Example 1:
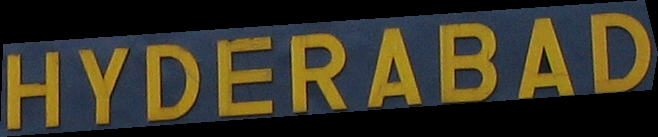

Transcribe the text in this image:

HYDERABAD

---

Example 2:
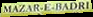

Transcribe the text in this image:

MAZAR-E-BADRI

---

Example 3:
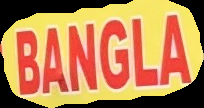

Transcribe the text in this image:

BANGLA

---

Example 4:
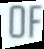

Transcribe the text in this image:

OF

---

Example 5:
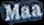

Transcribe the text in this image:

Maa